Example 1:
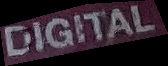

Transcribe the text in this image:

DIGITAL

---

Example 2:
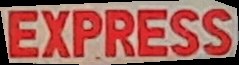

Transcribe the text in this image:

EXPRESS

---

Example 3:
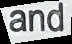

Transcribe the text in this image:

and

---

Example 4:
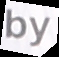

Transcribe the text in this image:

by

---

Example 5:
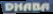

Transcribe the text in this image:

DHABA